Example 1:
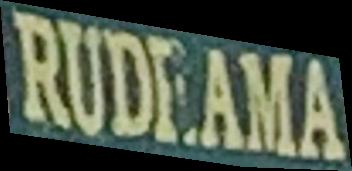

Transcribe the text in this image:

RUDEAMA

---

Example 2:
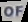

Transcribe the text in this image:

OF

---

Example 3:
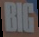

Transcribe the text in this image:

BIG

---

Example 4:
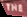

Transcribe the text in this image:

THE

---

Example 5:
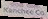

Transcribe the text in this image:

KancheeCo